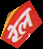
रेल